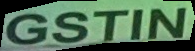
GSTIN